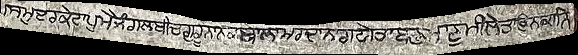
ਸਮੁਏਰਕੇਟਾਪੁਮੈਜੰਗਲਬੀਚਗੁਰੂਨਾਨਕਬਾਲਾਮਰਦਾਨਗਯੋਤਾਬਣਮਾਵੁਮੀਲੇਤਾਕਿਨਕਾਨਿ